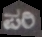
ಪರಿ